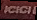
ICICI